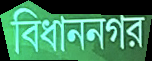
বিধাননগর